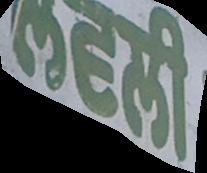
ਲਵਲੀ